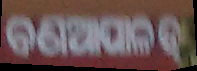
ବଣିଆପାଳ ବ୍